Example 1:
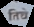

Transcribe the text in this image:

तिथे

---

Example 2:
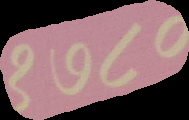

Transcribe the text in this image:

१७८०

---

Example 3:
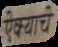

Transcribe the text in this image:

ऐक्याचे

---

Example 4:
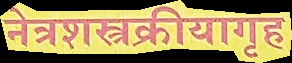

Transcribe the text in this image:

नेत्रशस्रक्रीयागृह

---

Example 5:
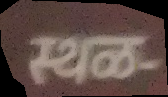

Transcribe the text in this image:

स्थळ-